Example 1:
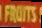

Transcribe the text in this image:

FRUITS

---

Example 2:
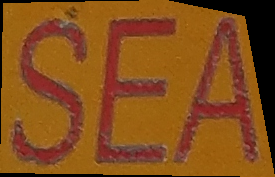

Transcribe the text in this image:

SEA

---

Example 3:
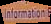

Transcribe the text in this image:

Information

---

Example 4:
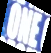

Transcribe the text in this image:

ONE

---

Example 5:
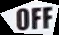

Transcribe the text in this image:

OFF